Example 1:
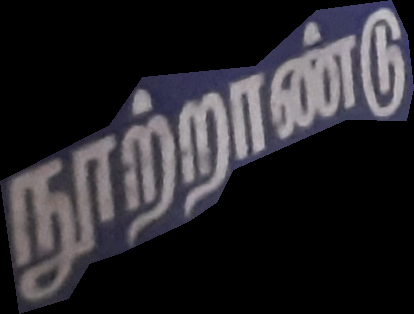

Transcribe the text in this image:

நூற்றரண்டு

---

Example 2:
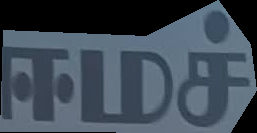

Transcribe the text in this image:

ஈமச்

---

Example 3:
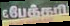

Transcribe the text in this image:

பேக்கரி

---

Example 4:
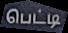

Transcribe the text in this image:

எபட்டி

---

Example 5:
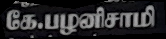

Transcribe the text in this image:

கே.பழனிசாமி